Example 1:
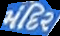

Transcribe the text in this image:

મંદિર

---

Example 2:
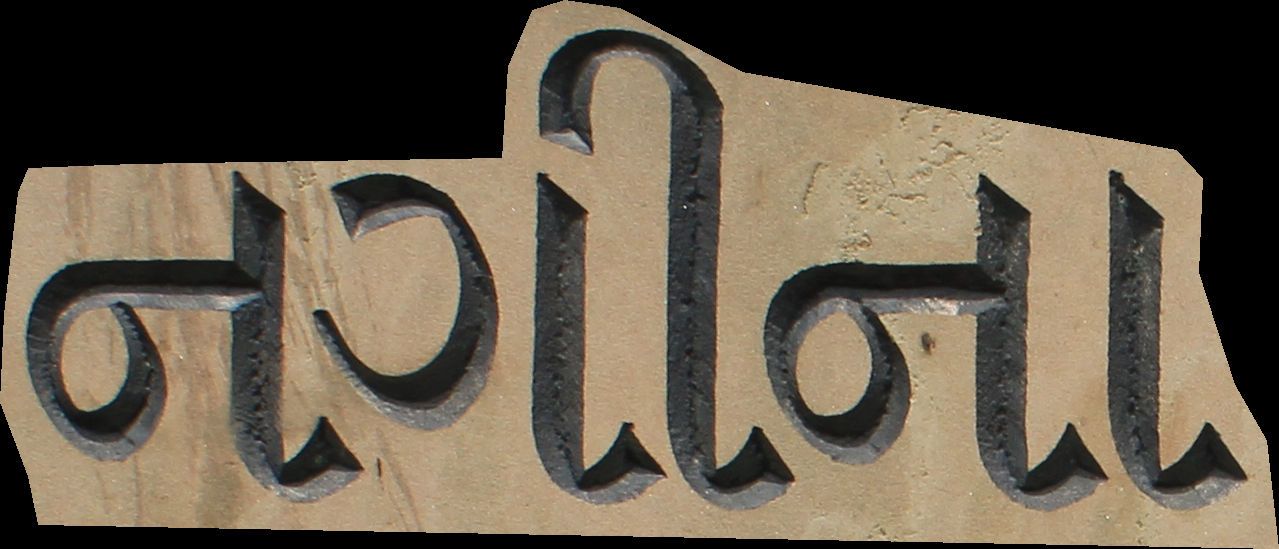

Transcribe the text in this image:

નગીના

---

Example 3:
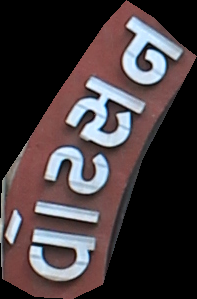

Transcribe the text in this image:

વોટસન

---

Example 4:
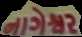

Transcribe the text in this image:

નાગેશ્વર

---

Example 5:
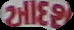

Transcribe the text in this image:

આદશ